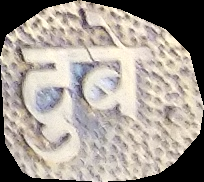
टुबे